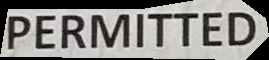
PERMITTED